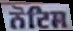
ਨੋਦਿਸ